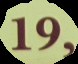
19,